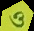
ও